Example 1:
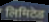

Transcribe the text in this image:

लिमिटेड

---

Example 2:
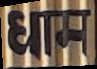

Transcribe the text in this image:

धाम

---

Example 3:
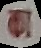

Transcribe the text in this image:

कर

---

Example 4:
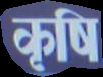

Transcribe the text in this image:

कृषि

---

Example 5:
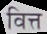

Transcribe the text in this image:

वित्त